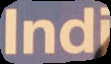
Indi